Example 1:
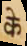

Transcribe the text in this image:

के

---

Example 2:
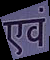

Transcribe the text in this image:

एवं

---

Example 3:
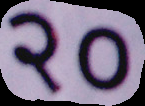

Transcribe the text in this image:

२०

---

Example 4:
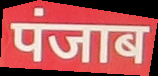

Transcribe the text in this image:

पंजाब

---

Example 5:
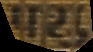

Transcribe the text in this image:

पशु